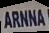
ARNNA